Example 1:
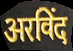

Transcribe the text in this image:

अरविंद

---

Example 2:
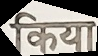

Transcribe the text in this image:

किया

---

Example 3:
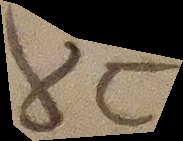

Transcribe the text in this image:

४८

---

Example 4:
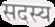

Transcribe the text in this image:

सदस्य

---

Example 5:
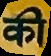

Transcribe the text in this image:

की